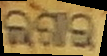
ଇଗାର